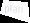
plan.